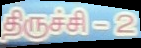
திருச்சி-2